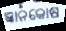
ଜ୍ଞାନକୋଷ